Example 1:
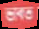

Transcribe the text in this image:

ভাৰত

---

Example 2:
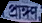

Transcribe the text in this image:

প্রাঙ্গণ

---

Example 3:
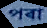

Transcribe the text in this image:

পৰা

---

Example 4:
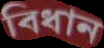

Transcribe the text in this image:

বিধান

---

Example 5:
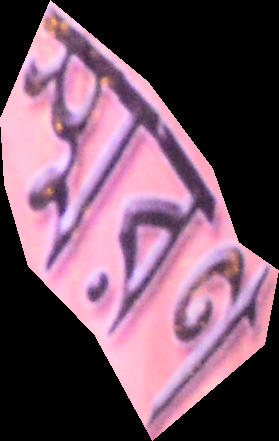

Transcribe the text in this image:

স্মরণ